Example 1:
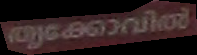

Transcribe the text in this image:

ത്യക്കോവിൽ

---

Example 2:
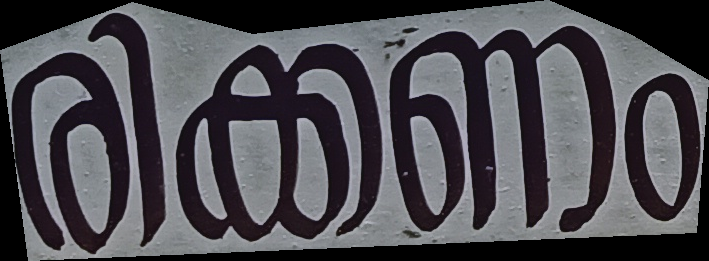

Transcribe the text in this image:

രിക്കണം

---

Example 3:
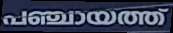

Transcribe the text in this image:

പഞ്ചായത്ത്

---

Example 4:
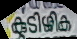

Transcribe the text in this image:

കുടിഴിക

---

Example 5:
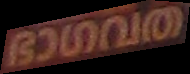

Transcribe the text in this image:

ഭാഗവത